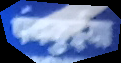
पंचकुईया